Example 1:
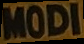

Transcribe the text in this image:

MODI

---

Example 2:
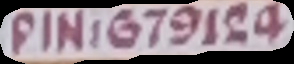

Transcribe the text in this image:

PIN:679124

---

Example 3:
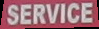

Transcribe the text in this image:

SERVICE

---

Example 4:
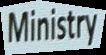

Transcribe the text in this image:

Ministry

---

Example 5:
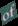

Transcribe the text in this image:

of